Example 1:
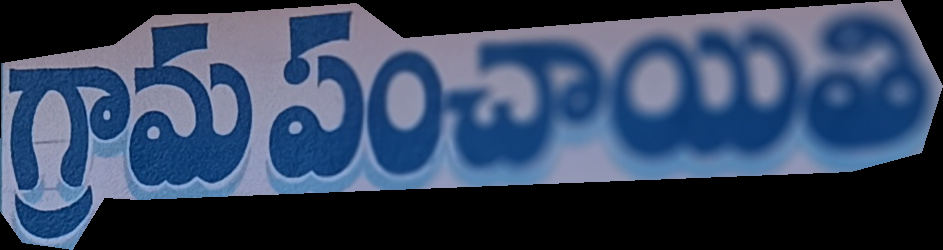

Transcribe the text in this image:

గ్రామ పంచాయితి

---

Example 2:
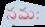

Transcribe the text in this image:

నమః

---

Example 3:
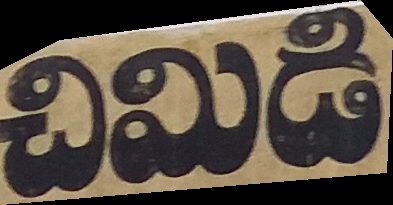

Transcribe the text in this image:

చిమిడి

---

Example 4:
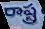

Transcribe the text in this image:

రాష్ట్ర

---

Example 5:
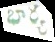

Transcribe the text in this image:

భార్య